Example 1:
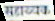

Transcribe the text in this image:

सहाय्यक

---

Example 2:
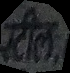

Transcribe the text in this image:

स्‍टील,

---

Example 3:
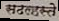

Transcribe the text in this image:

सटल्हस्ते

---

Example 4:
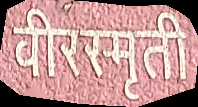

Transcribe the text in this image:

वीरस्मृती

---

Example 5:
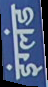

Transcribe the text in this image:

इंग्लंड